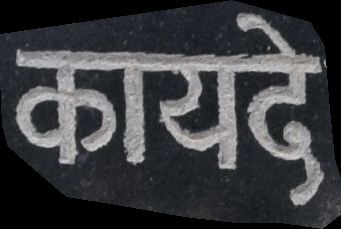
कायदे